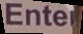
Ente